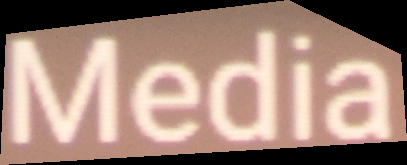
Media